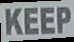
KEEP